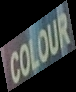
COLOUR